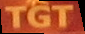
TGT